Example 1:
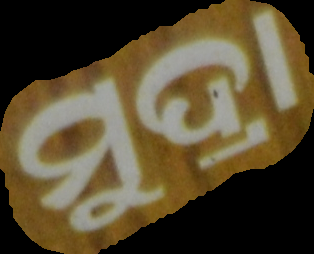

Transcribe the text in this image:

ମୁଦ୍ରା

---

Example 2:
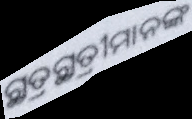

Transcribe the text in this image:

ଗୁତ୍ରଗୁତ୍ରୀମାନଙ୍କ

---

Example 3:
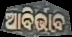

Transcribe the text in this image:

ଆବିର୍ଭାବ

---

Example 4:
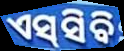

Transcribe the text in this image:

ଏସ୍ ସି ବି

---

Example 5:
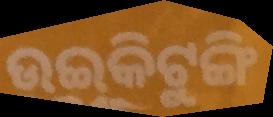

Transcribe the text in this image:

ଉଇକିଟୁଙ୍ଗି